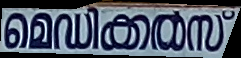
മെഡിക്കൽസ്